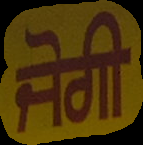
ਜੋਗੀ